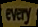
every